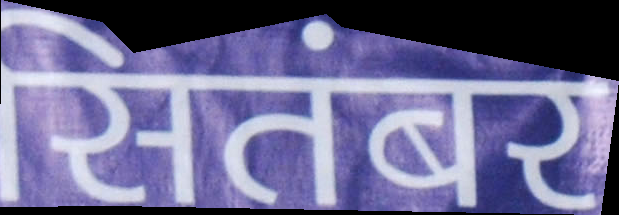
सितंबर